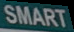
SMART